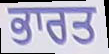
ਭਾਰਤ